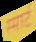
स्मार्ट